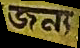
জন্য